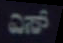
ಎಸ್